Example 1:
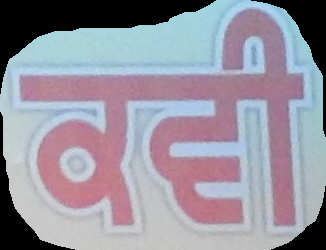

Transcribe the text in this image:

ਕਵੀ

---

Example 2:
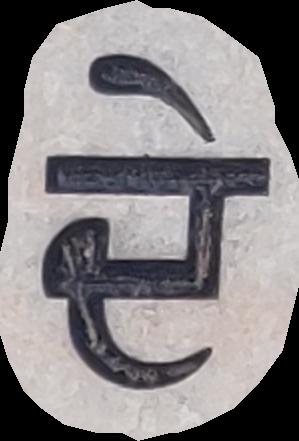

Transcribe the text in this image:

ਦੇ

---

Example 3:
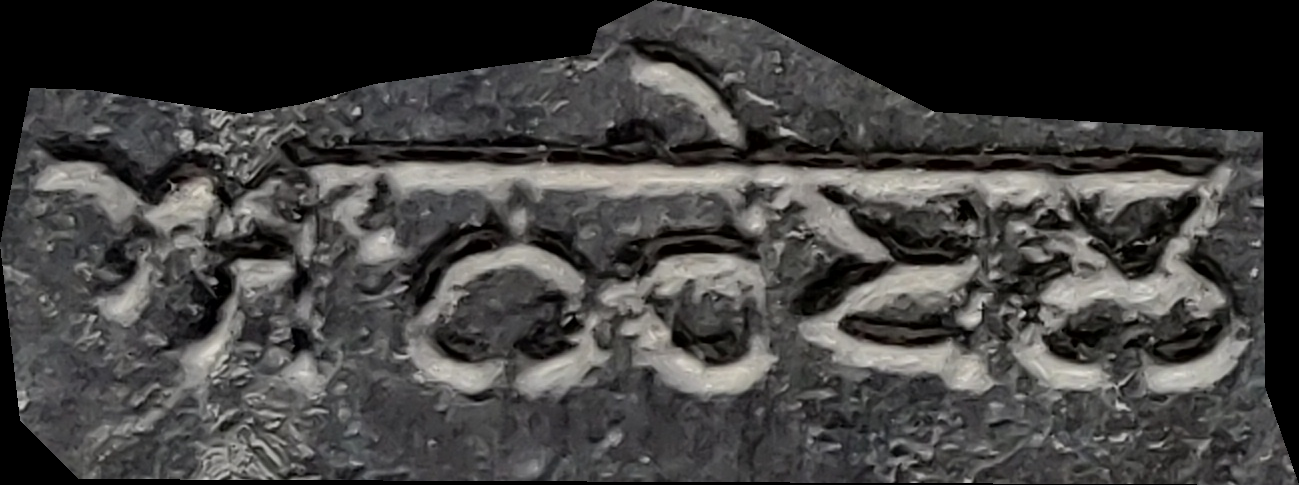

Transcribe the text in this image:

ਆਨਰੇਬਲ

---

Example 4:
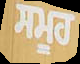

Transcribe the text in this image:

ਸਮੂਹ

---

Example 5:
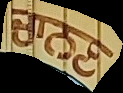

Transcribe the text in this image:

ਚਾਨਣ